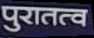
पुरातत्व